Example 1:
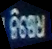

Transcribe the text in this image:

ନିଗଷଧ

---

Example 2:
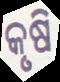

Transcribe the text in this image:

କୃଷି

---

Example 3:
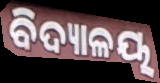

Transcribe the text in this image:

ବିଦ୍ୟାଳୟ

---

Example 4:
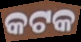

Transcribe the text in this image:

କଟକ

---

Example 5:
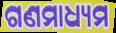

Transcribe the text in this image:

ଗଣମାଧ୍ୟମ